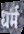
धर्म